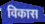
विकास